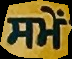
ਸਮੇਂ